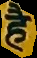
है